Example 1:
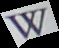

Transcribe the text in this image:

W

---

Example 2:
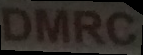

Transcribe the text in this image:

DMRC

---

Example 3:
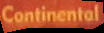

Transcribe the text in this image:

Continental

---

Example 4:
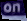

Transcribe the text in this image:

on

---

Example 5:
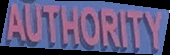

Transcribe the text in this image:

AUTHORITY